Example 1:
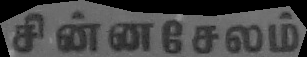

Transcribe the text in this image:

சின்னசேலம்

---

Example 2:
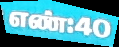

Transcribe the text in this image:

எண்:40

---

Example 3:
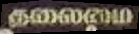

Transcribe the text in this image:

தலைமை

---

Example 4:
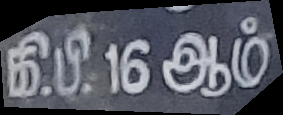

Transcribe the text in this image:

கி.பி. 16 ஆம்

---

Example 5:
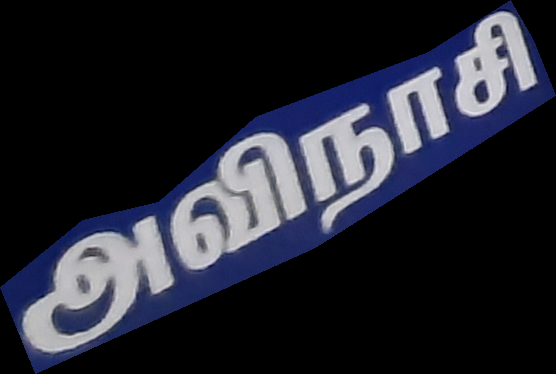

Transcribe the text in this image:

அவிநாசி